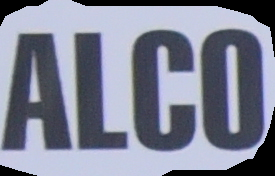
ALCO